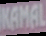
KAMAL